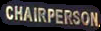
CHAIRPERSON